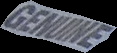
GENUINE